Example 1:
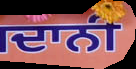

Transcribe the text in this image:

ਦਾਨੀ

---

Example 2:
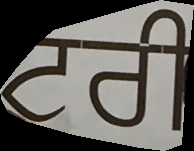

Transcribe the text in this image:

ਟਰੀ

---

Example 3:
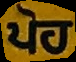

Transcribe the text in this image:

ਪੋਹ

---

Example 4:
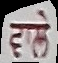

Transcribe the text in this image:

ਵਾਲੇ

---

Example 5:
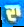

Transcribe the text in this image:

ਦਾ